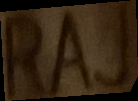
RAJ